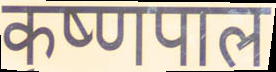
कष्णपाल